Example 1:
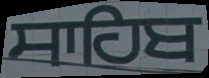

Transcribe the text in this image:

ਸਾਹਿਬ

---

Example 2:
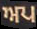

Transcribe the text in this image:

ਅ੫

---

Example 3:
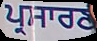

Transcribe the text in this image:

ਪ੍ਰਸਾਰਣ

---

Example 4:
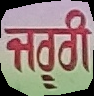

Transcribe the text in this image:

ਜਰੂਰੀ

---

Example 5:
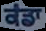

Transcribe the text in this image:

ਕਡਾ